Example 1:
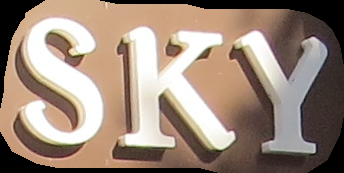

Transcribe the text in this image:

SKY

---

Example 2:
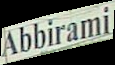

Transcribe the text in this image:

Abbirami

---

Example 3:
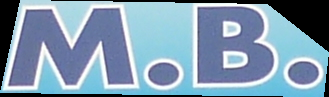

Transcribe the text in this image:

M.B.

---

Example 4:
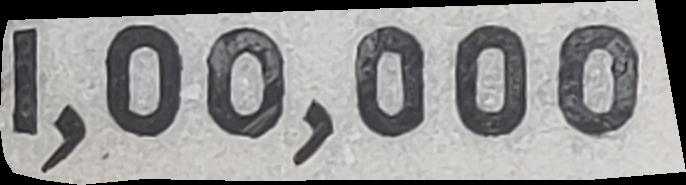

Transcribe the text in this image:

1,00,000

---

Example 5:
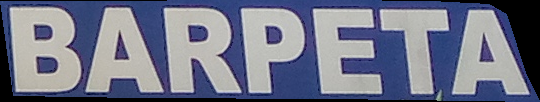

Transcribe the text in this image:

BARPETA